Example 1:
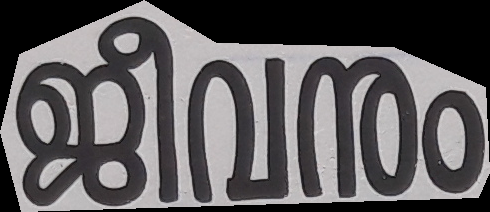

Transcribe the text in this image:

ജീവനും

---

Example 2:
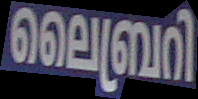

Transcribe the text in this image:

ലൈബ്രറി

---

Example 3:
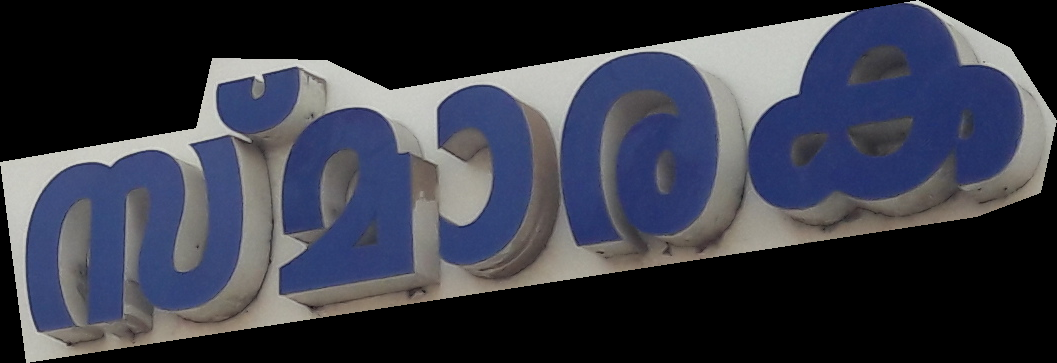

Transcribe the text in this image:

സ്മാരക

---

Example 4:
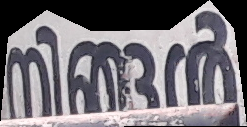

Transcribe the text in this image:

നിങ്ങൻ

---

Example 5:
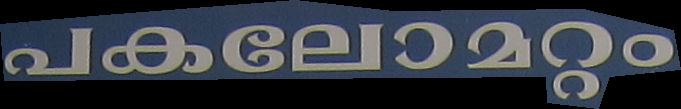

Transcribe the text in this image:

പകലോമറ്റം